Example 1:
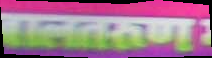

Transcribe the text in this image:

बालतरुण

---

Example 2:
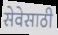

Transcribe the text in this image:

सेवेसाठी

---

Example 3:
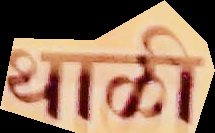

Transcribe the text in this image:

थाळी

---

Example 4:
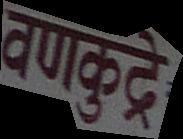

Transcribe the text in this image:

वणकुद्रे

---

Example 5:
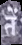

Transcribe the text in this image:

तें